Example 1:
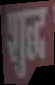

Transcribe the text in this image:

शुद्ध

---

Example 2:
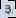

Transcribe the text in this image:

३॰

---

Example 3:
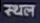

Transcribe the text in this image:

स्‍थल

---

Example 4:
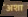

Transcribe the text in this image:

अशा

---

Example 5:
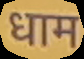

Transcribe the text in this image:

धाम